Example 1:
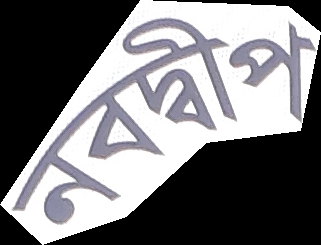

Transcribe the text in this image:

নবদ্বীপ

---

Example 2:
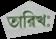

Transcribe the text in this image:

তারিখ:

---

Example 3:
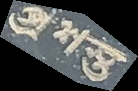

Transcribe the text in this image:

প্রশস্ত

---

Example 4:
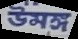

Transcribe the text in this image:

উমঙ্গ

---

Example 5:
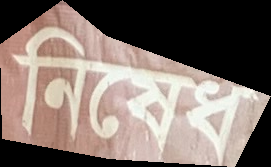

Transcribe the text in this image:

নিষেধ